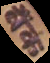
बैंक